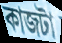
কাজটা